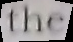
the